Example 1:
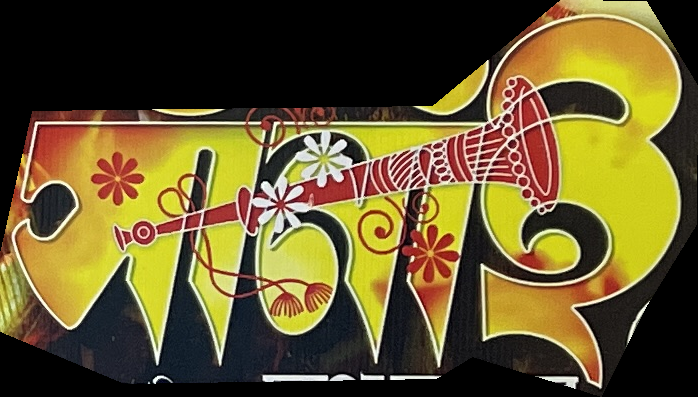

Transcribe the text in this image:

সানহি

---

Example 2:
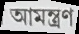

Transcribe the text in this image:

আমন্ত্রণ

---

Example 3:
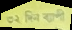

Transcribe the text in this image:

৩২ দিন ব্যাপী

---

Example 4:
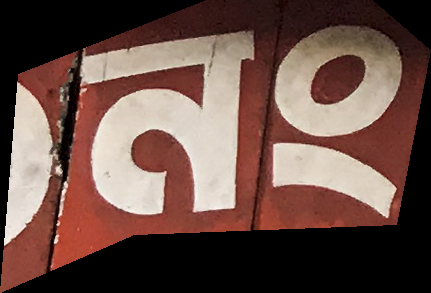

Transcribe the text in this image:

নং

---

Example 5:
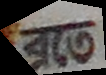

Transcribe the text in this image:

রতে